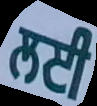
ਲਈ